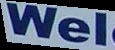
Wel